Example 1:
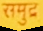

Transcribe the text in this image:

समुद्र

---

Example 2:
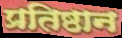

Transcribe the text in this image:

प्रतिष्ठान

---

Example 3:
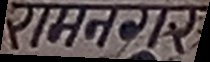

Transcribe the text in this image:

रामनगर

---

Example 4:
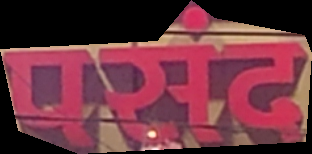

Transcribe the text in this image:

पसंद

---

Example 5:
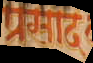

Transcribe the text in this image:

प्रसाद